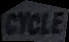
CYCLE